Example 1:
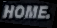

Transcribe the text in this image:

HOME.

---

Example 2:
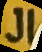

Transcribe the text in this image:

JI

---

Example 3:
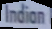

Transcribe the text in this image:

Indian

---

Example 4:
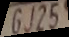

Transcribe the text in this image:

GJ25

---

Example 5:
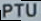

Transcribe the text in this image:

PTU